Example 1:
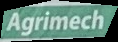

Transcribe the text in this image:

Agrimech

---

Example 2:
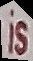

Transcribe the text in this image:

is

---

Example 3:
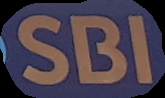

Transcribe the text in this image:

SBI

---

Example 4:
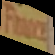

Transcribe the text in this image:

France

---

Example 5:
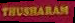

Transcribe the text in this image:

THUSHARAM